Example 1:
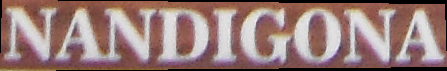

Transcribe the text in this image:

NANDIGONA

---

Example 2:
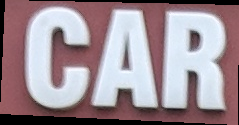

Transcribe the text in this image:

CAR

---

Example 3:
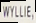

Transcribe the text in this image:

WYLLIE,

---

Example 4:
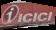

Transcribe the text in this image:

DICICI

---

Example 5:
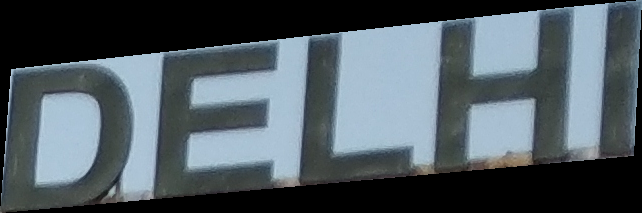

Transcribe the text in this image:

DELHI